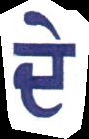
ਦੇ